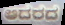
ಆದರದ